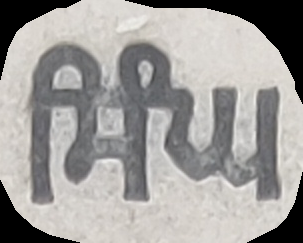
ਸਿੰਘ